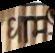
धाम